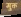
मुक्त